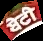
ਬੇਟੀ